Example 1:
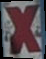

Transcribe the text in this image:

X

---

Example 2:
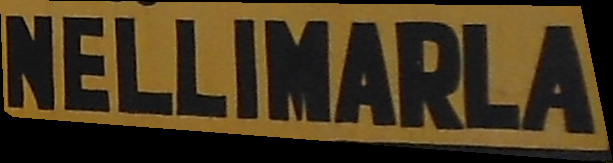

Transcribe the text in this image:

NELLIMARLA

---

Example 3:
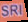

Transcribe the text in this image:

SRI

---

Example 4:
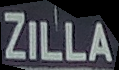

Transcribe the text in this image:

ZILLA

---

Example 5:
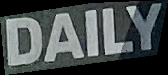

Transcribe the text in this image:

DAILY